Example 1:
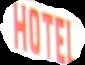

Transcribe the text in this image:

HOTEL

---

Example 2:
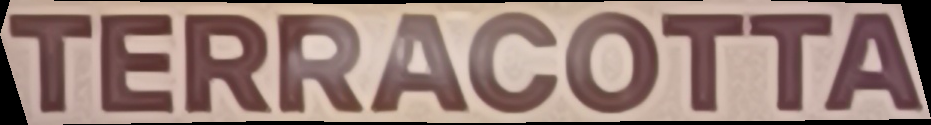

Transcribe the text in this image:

TERRACOTTA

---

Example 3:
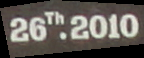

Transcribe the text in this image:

26Th.2010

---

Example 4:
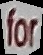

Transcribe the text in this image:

for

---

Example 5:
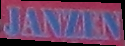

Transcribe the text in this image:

JANZEN